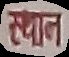
स्‍थान